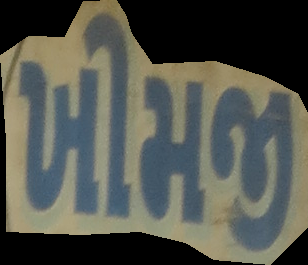
ખીમજી